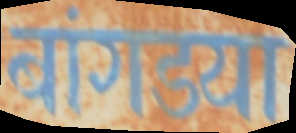
बांगडया